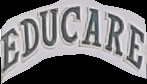
EDUCARE